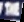
THE